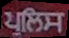
ਪੁਲਿਸ